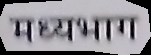
मध्यभाग